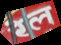
रेल